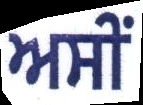
ਅਸੀ